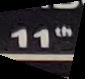
11th